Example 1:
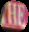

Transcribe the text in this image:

HE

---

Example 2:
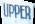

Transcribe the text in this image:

UPPER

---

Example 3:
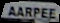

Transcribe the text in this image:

AARPEE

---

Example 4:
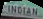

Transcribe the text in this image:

INDIAN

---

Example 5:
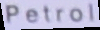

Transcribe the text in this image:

Petrol